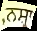
ਨਸ਼ਾ